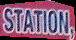
STATION,